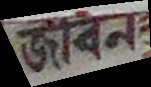
জীবন